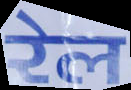
रेल